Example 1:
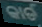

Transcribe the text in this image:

ସ୍ମାର୍ଟ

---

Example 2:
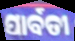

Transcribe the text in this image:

ପାର୍ବତା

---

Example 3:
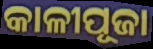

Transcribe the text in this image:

କାଳୀପୂଜା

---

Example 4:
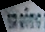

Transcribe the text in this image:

ଭବିଷ୍ୟତ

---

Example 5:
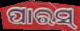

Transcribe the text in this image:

ପାରସ୍